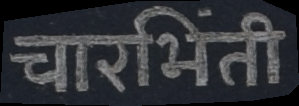
चारभिंती